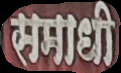
समाधी